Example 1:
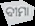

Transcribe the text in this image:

ଚୀମା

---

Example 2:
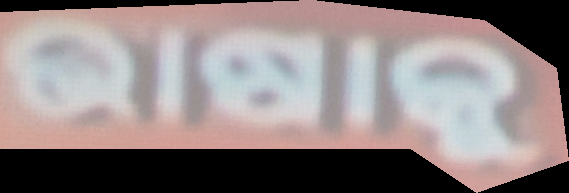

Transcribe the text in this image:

ଭାଷାକୁ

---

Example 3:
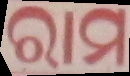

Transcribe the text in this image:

ରାମ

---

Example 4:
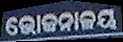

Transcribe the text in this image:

ଭୋଜନାଳୟ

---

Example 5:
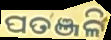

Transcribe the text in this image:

ପତଞ୍ଜଳି